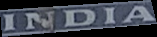
INDIA